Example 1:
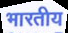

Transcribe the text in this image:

भारतीय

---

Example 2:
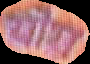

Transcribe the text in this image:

योग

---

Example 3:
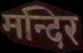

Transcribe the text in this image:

मन्दिर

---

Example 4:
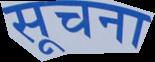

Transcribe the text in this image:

सूचना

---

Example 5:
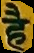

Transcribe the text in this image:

है